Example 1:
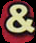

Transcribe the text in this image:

&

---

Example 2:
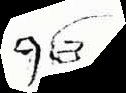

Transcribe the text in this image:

96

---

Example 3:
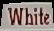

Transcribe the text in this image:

White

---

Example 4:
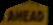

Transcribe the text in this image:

AHEAD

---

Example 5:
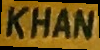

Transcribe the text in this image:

KHAN